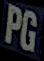
PG